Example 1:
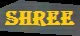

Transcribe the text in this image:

SHREE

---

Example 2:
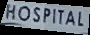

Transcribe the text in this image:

HOSPITAL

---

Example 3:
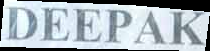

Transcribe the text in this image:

DEEPAK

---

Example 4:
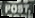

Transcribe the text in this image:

POST,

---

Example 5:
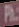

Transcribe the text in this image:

Ph: